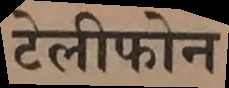
टेलीफोन